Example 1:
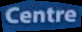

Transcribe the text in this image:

Centre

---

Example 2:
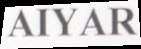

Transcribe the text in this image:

AIYAR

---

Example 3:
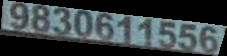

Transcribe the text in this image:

9830611556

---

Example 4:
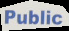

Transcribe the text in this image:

Public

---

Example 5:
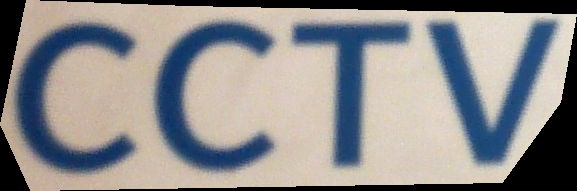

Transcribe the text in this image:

CCTV